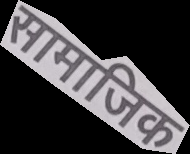
सामाजिक